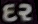
દર